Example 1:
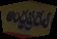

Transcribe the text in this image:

ఆంధ్రప్రదేశ్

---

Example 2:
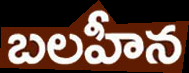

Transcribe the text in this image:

బలహీన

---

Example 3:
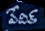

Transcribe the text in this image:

వేదిక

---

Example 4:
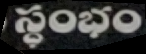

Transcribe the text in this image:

స్ధంభం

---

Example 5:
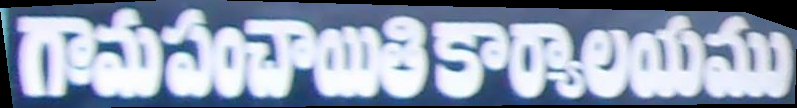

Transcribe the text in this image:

గ్రామ పంచాయితి కార్యాలయము